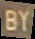
BY